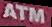
ATM